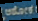
ಅಠೋಕ